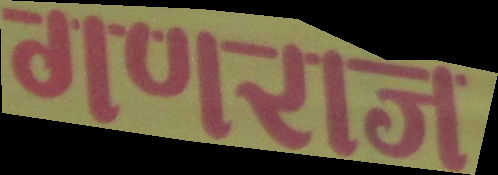
गणराज